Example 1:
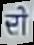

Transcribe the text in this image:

ਦੀ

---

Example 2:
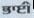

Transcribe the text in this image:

ਭਾਈ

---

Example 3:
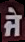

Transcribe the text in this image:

ਜੇ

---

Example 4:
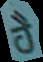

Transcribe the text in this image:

ਹੈ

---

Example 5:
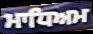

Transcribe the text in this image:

ਮਾਧਿਅਮ